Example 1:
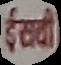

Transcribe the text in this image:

ईसवी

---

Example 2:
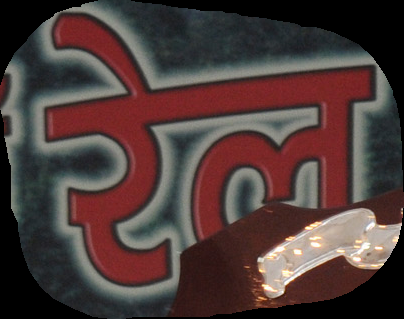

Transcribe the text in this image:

रेल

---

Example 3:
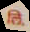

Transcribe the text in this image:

लि.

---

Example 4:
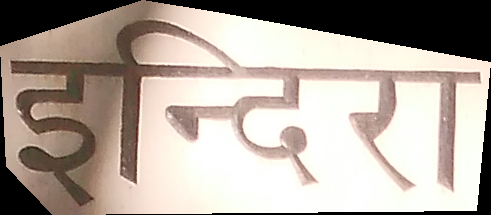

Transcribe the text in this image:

इन्दिरा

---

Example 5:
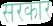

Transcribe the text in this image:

सरकार